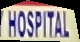
HOSPITAL